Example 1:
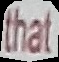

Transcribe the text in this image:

that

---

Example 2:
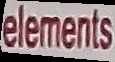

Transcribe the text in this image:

elements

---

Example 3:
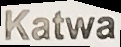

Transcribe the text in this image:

Katwa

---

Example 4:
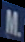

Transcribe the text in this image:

M.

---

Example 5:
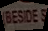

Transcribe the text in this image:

BESIDES